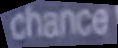
chance